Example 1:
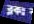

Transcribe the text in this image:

ব্লকঃ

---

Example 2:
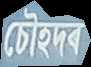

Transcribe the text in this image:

চৌহদৰ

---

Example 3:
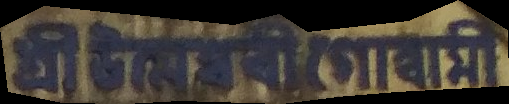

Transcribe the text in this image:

শ্রী উন্মেষবী গোস্বামী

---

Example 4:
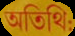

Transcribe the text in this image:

অতিথি:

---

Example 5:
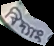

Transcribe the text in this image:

বিদ্যাং